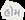
હોમ